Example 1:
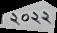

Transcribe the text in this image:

২০২২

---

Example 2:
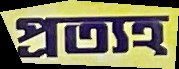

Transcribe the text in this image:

প্রত্যহ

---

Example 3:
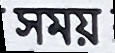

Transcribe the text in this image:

সময়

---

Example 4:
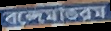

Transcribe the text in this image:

বন্দেমাতরম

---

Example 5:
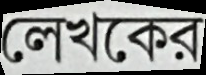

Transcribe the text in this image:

লেখকের